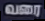
வரை